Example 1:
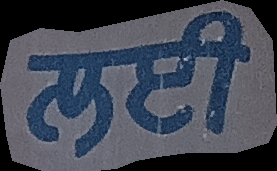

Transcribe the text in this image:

ਲਈ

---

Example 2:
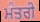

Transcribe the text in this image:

ਮੰਤਰੀ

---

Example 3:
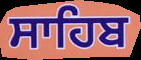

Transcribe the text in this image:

ਸਾਹਿਬ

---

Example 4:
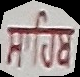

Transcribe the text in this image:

ਸਾਹਿਬ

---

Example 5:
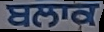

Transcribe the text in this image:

ਬਲਾਕ